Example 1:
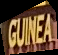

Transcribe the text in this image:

GUINEA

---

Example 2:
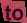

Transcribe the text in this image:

to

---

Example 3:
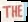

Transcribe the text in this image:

THE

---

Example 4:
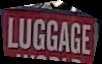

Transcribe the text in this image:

LUGGAGE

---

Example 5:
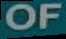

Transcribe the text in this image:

OF